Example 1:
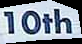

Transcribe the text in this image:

10th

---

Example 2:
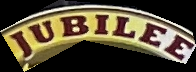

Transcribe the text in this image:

JUBILEE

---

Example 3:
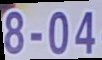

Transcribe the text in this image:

8-04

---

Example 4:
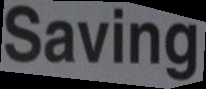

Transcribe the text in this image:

Saving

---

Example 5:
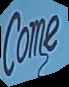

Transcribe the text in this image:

Come